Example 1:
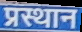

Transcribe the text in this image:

प्रस्‍थान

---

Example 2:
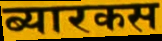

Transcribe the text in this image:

ब्यारकस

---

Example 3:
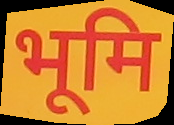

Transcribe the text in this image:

भूमि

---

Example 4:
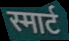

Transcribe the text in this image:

स्‍मार्ट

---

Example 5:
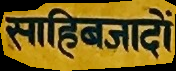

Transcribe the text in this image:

साहिबजादों